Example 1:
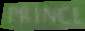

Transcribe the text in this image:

PRINCE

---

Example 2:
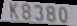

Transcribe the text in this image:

K8380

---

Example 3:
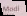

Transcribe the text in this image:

Modi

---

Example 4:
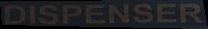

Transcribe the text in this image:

DISPENSER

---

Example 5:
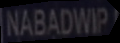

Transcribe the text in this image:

NABADWIP